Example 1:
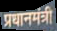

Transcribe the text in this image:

प्रधानमंत्री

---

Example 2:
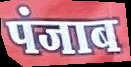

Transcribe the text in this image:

पंजाब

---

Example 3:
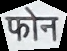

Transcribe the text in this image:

फोन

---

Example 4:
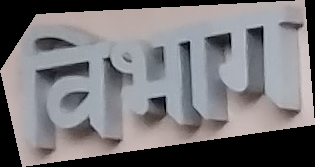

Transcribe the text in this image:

विभाग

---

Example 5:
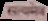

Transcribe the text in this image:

सत्यमेव